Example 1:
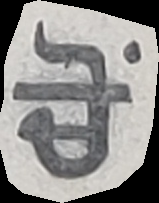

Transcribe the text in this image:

ਚੋਂ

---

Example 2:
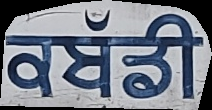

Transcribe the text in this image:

ਕਬੱਡੀ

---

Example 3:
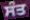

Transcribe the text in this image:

ਸੰਤ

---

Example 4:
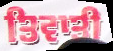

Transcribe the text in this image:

ਤਿਵਾਤੀ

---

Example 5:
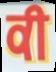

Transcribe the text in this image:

ਕੀ